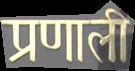
प्रणाली